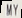
MY